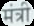
मंत्री